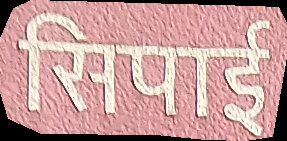
सिपाई